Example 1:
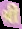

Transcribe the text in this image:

श्री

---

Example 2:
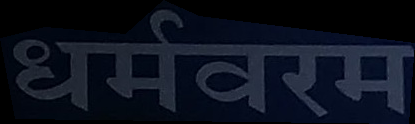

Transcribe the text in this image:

धर्मवरम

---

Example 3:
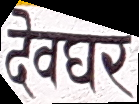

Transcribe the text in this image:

देवघर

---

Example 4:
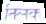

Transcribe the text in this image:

तिलक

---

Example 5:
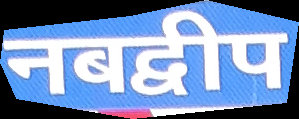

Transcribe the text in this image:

नबद्वीप